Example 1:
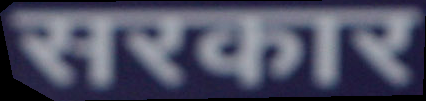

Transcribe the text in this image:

सरकार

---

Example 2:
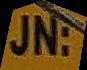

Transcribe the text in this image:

उ।पः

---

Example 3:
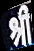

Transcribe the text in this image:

श्री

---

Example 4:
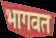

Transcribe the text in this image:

भागवत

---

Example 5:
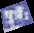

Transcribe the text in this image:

पुत्रैः